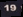
19